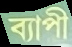
ব্যাপী